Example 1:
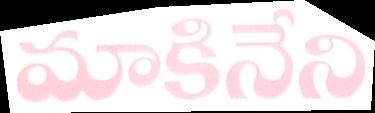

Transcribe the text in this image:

మాకినేని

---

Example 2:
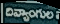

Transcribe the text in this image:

దివ్యాంగుల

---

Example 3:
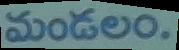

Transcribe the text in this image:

మండలం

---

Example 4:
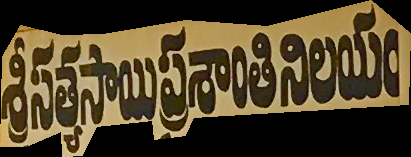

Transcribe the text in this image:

శ్రీ సత్యసాయి ప్రశాంతి నిలయం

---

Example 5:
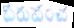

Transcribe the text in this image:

పరువంచ